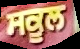
ਸਕੂਲ